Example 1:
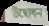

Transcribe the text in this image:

উদ্বোধন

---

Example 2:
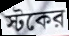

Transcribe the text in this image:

স্টকের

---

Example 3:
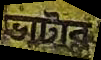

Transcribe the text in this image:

ভাটার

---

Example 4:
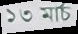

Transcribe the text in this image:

১৩মার্চ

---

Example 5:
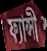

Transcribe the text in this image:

ফ্যান্সী